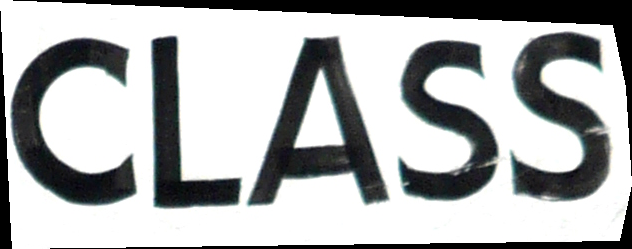
CLASS